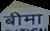
बीमा